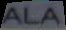
ALA